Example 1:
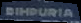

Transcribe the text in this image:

BIHPURIA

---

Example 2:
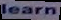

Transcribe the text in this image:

learn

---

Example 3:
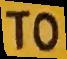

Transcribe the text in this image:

TO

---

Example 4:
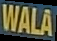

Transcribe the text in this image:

WALA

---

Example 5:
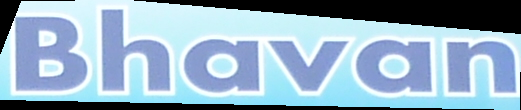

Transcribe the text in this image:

Bhavan